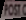
POST